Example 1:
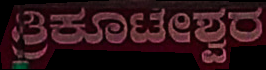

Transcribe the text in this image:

ತ್ರಿಕೂಟೇಶ್ವರ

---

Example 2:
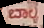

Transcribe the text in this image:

ಬಾಲ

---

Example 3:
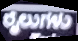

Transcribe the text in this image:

ರೈಲುಗಳು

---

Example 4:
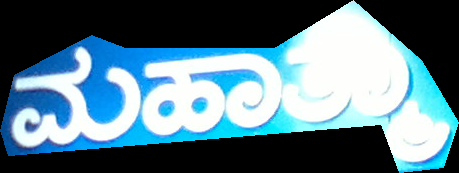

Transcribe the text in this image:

ಮಹಾತ್ಮ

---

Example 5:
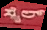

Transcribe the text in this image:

ಸೈಲ್